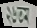
২৬তম